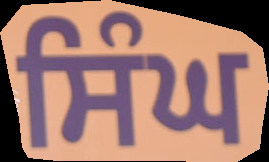
ਸਿੰਘ